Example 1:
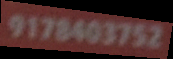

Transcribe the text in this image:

9178403752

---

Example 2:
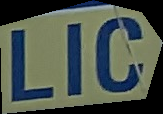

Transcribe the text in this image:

LIC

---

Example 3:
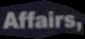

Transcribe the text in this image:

Affairs,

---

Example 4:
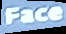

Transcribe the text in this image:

Face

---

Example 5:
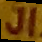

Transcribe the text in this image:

JI